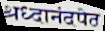
श्रध्दानंदपेठ